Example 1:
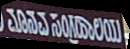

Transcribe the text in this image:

ಮಾನವ ಸಂಗ್ರಹಾಲಯ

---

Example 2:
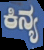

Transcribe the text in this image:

ಕಿನ್ಯ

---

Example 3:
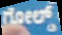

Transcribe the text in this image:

ಗೋಲ್ಡ್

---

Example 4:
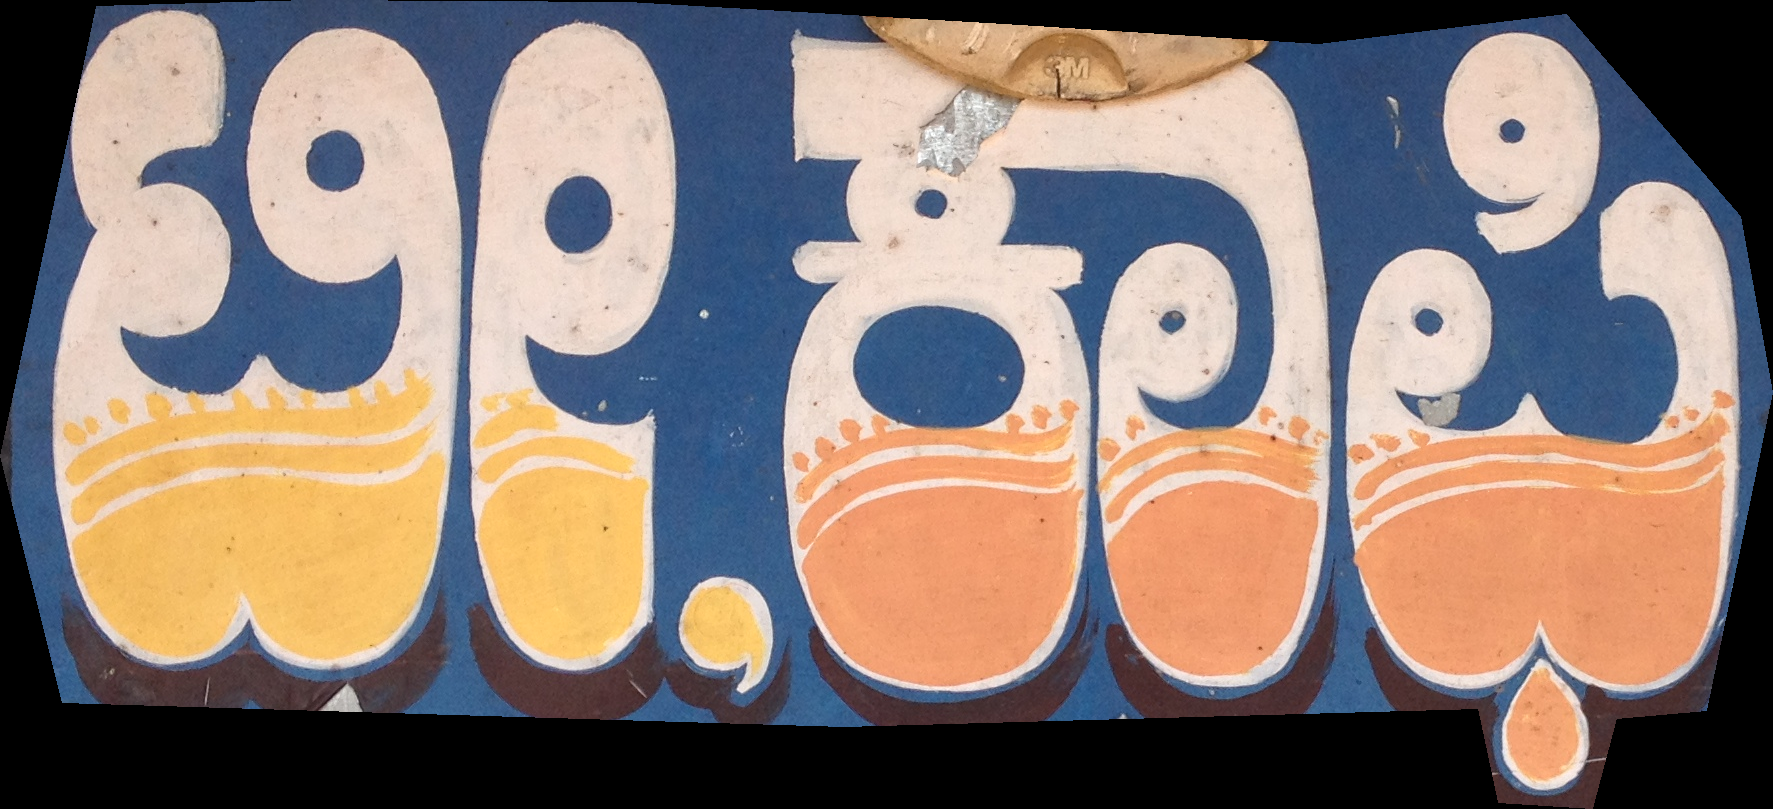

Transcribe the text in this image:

ಟೀ.ಕಾಫಿ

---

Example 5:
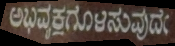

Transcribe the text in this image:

ಅಭವ್ಯಕ್ತಗೊಳಸುವುದರ